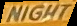
NIGHT